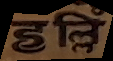
हल्लि